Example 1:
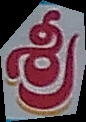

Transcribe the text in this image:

శ్రీ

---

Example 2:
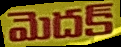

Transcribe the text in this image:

మెదక్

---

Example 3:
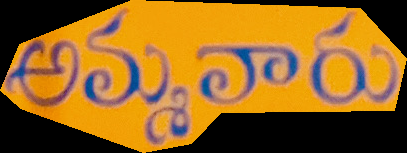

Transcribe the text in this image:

అమ్మవారు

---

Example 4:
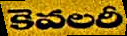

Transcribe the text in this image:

కెవలరీ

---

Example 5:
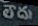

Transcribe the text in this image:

లేదు